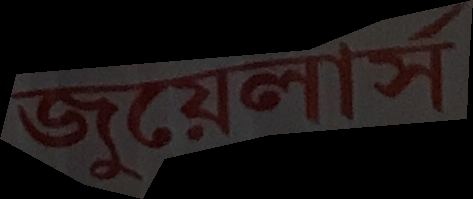
জুয়েলার্স